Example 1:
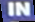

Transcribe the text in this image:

IN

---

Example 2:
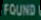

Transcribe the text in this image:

FOUND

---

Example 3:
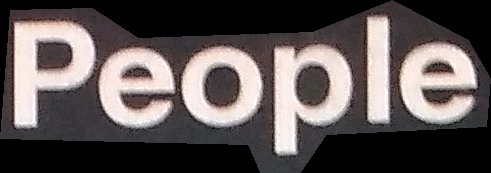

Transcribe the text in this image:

People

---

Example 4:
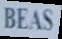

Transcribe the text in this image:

BEAS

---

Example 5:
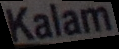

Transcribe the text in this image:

Kalam